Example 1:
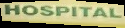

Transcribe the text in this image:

HOSPITAL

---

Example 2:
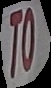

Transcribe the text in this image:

TO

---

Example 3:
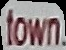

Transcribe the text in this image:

town.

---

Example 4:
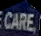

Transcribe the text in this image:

CARE,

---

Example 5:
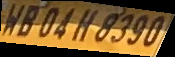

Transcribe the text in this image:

WB04H8390